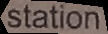
station